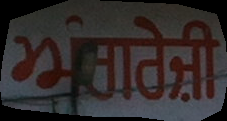
ਅੰਗਰੇਜ਼ੀ